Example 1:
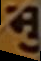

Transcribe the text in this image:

ਸੁ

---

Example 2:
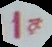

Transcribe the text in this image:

1 ਰੁ:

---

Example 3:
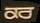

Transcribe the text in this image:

ਕਰ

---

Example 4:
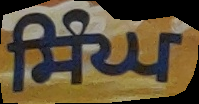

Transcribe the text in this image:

ਸਿੰਘ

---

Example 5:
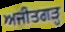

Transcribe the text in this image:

ਅਜੀਤਗੜ੍ਹ